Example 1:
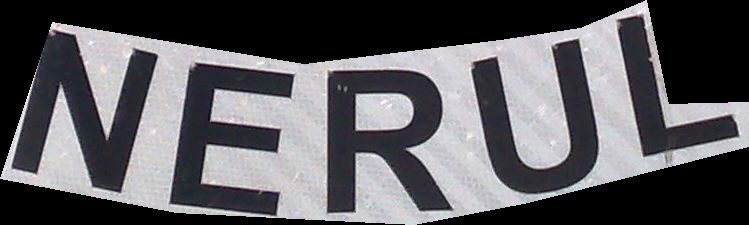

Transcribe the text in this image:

NERUL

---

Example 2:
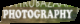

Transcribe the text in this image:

PHOTOGRAPHY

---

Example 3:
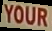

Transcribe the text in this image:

YOUR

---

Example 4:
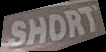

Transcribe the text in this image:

SHORT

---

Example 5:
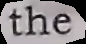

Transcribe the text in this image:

the